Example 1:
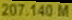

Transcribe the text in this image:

207.140M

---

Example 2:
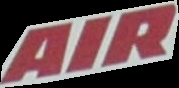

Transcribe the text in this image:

AIR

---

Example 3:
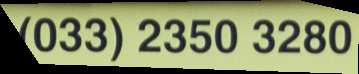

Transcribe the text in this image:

(033)23503280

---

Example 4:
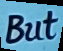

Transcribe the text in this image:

But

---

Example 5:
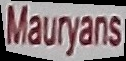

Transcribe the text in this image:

Mauryans